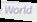
World